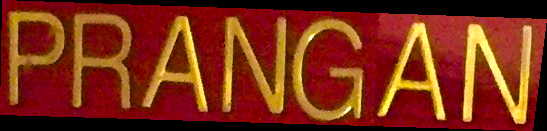
PRANGAN